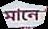
মানে